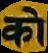
को